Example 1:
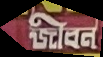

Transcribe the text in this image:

জীবন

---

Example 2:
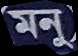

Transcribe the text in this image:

মনু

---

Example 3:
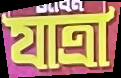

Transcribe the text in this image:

যাত্রা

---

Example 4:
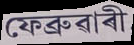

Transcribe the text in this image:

ফেব্রুৱাৰী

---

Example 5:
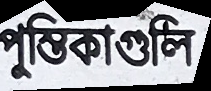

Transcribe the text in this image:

পুস্তিকাগুলি